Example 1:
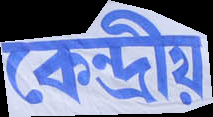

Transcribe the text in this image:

কেন্দ্রীয়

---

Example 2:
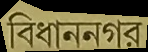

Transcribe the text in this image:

বিধাননগর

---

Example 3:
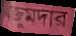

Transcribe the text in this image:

জুমদার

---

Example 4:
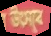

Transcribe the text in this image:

উৎসা্ব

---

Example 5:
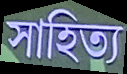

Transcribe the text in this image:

সাহিত্য